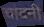
चांदनी